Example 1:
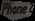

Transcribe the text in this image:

Phone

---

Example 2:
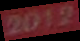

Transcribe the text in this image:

2012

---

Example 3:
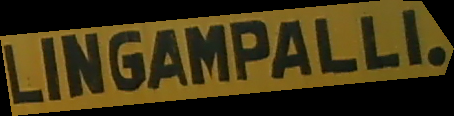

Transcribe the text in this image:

LINGAMPALLI.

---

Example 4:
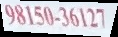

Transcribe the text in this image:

98150-36127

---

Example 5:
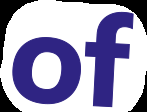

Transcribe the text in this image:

of